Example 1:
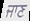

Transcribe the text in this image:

ਜਾਣ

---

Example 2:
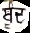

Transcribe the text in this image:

ਬੂੰਦ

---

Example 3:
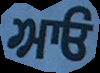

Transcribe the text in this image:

ਆੳ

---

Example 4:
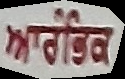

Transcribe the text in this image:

ਆਰੰਭਿਕ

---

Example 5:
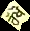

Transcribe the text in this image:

ਰਖੋ